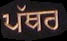
ਪੱਥਰ